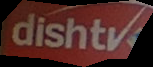
dishtv